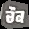
ਚੌਕ